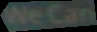
WeCan